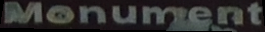
Monument